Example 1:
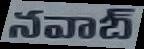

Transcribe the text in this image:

నవాబ్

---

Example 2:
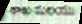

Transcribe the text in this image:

శాఖమరియ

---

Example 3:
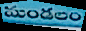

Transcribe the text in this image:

మండలం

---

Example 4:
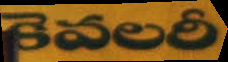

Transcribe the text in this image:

కెవలరీ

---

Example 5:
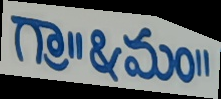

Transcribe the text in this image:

గ్రా॥ &మం॥